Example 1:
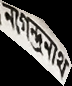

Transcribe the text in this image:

নগেন্দ্রনাথ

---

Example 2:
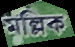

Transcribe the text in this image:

মল্লিক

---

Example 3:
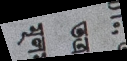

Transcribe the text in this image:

তত্র , মূলম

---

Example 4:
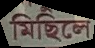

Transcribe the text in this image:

মিছিলে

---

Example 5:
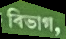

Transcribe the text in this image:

বিভাগ,